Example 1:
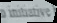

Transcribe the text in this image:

initistive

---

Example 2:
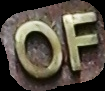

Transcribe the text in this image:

OF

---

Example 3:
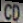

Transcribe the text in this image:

CD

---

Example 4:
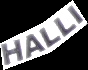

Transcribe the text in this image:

HALLI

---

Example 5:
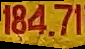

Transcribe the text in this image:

184.71